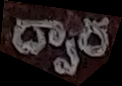
ద్వార